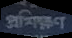
প্রশিক্ষণ